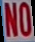
NO